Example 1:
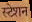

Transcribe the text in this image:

स्टेशन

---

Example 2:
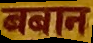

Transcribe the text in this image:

बबान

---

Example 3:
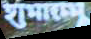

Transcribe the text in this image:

शुभारम्भ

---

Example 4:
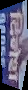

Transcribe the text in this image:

दिनेश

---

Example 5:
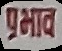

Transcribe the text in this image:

प्रभाव